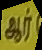
ஆர்